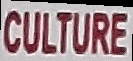
CULTURE